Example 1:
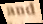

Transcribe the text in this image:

and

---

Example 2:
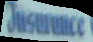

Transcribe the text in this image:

Insurance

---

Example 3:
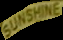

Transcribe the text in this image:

SUNSHINE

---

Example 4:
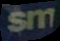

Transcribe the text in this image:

sm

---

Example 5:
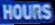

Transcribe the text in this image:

HOURS